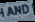
AND